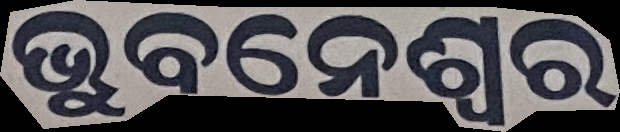
ଭୁବନେଶ୍ବର